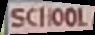
SCHOOL